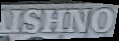
ISHNO